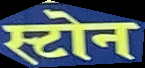
स्टोन